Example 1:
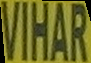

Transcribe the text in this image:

VIHAR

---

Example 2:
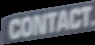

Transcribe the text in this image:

CONTACT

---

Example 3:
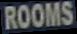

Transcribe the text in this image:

ROOMS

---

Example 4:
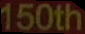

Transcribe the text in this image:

150th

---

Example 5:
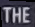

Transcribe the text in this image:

THE